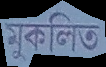
মুকলিত